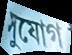
দুযোগ